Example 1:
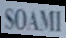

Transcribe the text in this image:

SOAMI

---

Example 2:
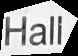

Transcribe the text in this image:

Hall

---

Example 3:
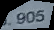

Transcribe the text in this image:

905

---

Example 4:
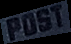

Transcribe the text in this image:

POST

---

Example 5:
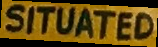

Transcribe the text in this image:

SITUATED